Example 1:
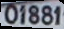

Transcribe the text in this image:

01881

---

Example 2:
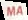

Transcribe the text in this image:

MA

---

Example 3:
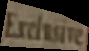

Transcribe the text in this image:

Exclusive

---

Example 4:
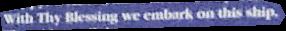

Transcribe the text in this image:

With Thy Blessing we embark on this ship.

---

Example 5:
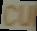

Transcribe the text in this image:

CU